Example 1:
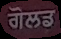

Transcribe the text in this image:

ਗੋਲਡ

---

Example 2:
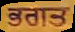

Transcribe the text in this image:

ਭਗਤ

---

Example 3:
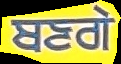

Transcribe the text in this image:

ਬਣਗੇ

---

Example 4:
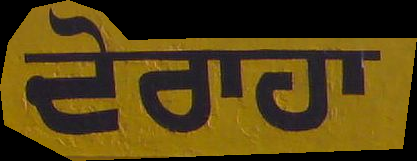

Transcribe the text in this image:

ਦੇਰਾਹਾ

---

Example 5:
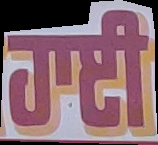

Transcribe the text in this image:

ਹਾਈ